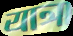
यात्रा